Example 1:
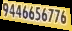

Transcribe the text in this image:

9446656776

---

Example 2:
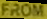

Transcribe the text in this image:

FROM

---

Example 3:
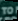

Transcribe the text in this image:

TO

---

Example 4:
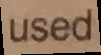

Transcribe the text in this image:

used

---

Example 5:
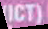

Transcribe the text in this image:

ICT)